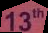
13th